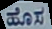
ಹೊಸ